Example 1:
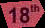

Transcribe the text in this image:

18th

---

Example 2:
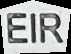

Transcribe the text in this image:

EIR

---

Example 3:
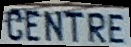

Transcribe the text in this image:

CENTRE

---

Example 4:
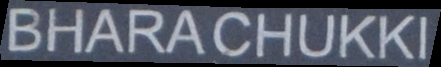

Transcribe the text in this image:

BHARACHUKKI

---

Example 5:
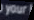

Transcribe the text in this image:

your